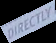
DIRECTLY